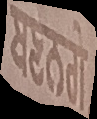
ਬਣਨਗੇ